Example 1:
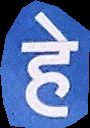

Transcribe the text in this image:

हे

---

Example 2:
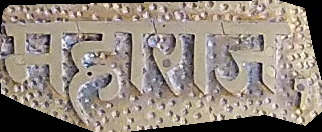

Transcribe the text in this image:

महाराज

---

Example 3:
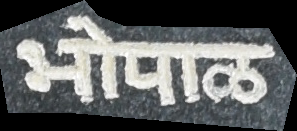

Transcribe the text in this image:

भोपाळ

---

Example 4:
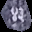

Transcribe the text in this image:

४३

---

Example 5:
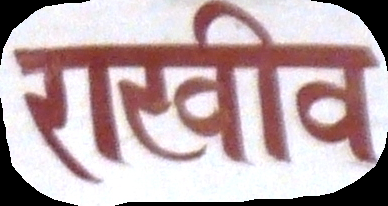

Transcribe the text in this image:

राखीव